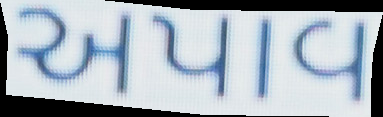
અપાવ